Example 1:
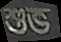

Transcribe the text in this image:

শুভ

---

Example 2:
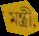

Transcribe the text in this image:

মন্ত্রী,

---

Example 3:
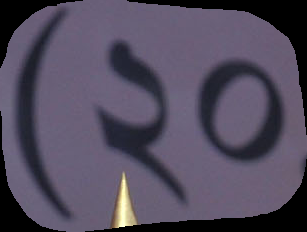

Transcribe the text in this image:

(২০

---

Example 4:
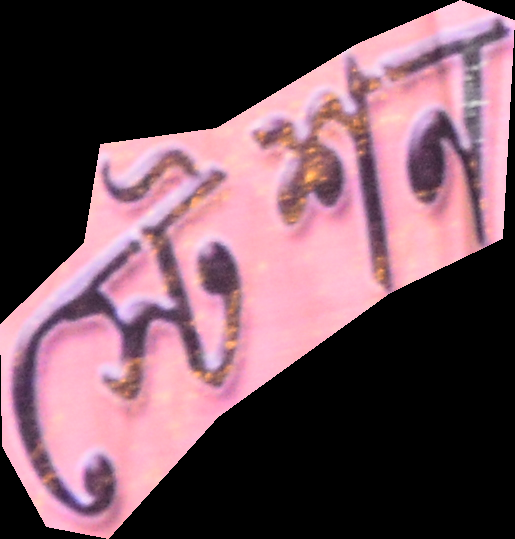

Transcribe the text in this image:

স্টেশন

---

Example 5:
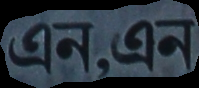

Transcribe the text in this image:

এন,এন